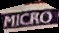
MICRO